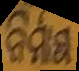
ନିର୍ମାଣ